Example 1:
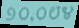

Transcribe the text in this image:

೨೦೦೮೪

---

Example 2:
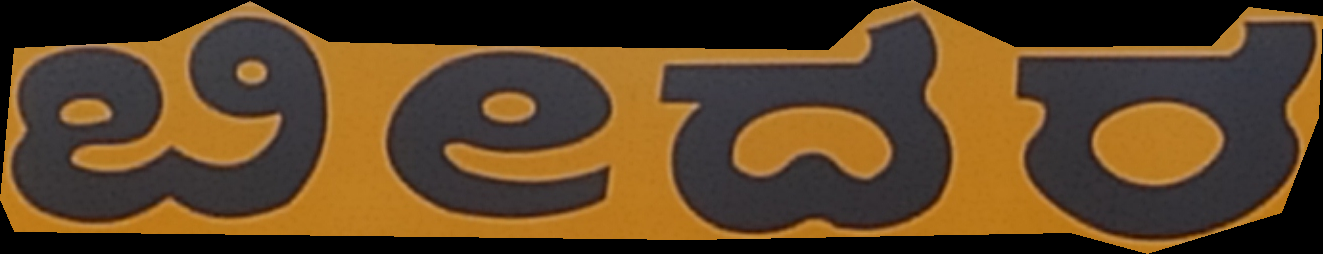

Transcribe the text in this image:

ಬೀದರ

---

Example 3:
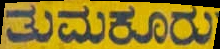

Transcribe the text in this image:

ತುಮಕೂರು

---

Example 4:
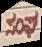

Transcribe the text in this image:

ಸಂಘ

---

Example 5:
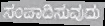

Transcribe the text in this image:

ಸಂಪಾದಿಸುವುದು